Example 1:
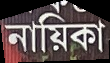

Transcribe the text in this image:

নায়িকা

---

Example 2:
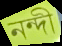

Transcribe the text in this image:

নন্দী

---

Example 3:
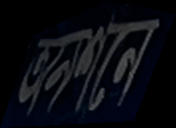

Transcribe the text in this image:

অনশনে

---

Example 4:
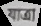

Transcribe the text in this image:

যাত্রা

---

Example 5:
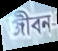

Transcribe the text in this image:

জীবন-